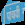
पांचवी